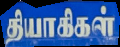
தியாகிகள்